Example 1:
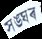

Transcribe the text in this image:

সঙঘৰ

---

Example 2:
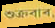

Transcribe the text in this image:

শুক্রবার,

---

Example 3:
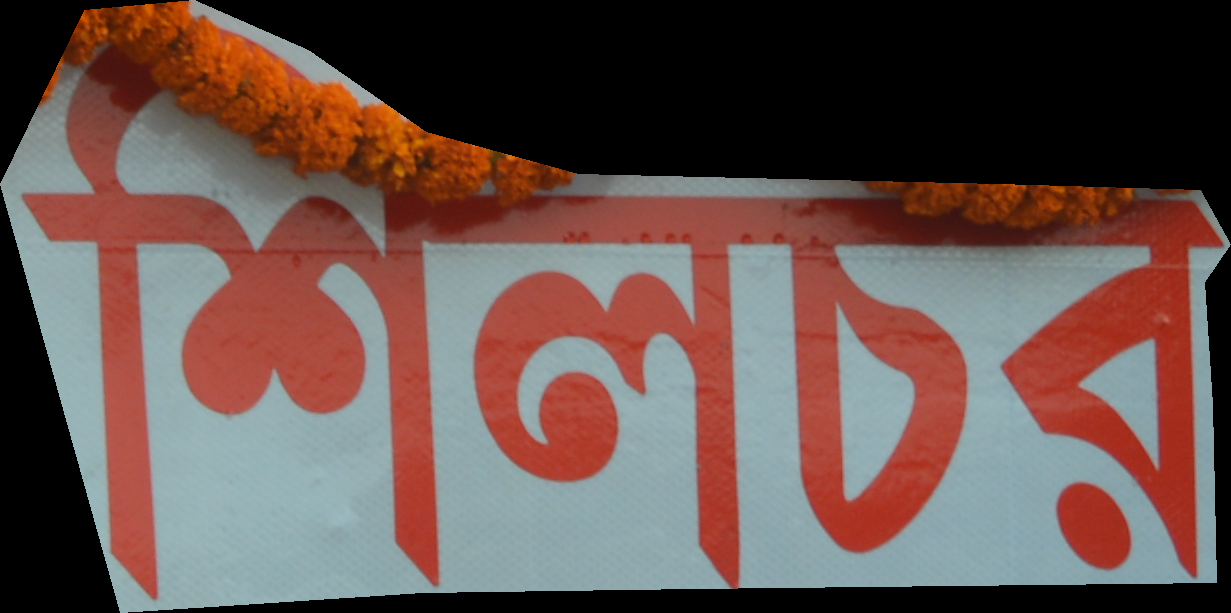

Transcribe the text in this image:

শিলচর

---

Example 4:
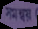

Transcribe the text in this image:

সমন্বয়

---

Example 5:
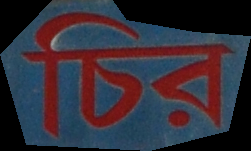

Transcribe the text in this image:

চির